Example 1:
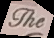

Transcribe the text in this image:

The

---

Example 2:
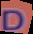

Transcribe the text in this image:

D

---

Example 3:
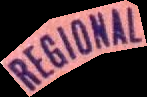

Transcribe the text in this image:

REGIONAL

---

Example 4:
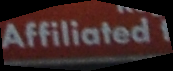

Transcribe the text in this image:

Affiliated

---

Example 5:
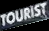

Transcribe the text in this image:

TOURIST